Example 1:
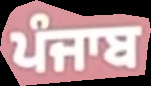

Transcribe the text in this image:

ਪੰਜਾਬ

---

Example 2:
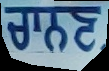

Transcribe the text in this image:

ਚਾਨਣ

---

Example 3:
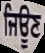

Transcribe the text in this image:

ਜਿਊਣ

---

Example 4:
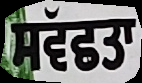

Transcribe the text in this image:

ਸਵੱਛਤਾ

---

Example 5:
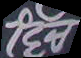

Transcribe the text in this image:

ਵਿਚ